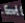
Govt